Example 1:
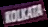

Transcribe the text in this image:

KOLKATA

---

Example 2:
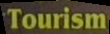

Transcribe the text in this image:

Tourism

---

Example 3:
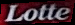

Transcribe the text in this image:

Lotte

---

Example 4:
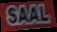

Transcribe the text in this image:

SAAL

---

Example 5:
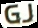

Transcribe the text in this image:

GJ